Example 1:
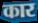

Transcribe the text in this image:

का‍र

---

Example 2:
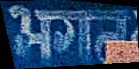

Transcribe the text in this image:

भगत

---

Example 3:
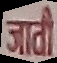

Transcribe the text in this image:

जाती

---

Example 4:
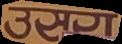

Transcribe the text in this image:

उसरा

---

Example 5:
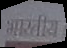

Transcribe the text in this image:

भारतीय